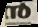
ൻ